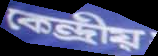
কেন্দ্ৰীয়